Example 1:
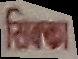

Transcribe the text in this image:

सिक्का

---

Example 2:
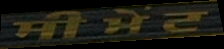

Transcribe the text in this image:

मीमेंट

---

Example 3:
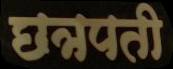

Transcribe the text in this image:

छत्रपती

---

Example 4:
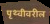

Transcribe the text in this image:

पृथ्वीवरील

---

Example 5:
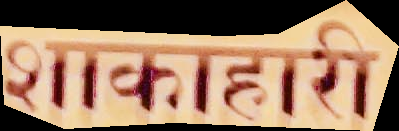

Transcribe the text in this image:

शाकाहारी